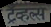
ट्रेव्हल्स